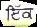
ਇੱਕ